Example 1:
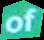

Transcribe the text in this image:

of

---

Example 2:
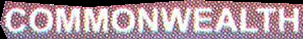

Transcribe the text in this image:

COMMONWEALTH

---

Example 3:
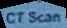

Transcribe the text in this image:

CTScan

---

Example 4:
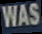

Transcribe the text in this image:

WAS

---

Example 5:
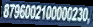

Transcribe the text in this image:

8796002100000230,